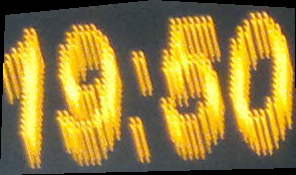
19:50